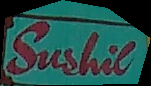
Sushil